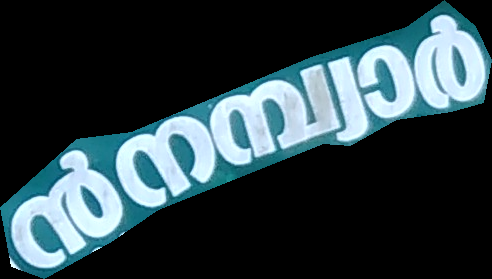
ൻനമ്പ്വാർ